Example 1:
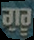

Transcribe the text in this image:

ਗੁਰੂ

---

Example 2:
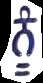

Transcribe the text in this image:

ਨੂੰ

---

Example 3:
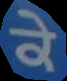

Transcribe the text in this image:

ਕੇ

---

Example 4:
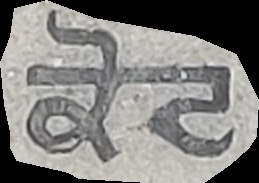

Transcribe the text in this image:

ਕੋਟ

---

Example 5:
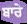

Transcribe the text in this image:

ਬਾਰੇ